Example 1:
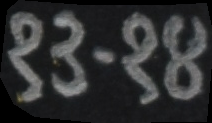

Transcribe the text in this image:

१३-१४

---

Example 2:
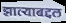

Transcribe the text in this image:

झात्याबद्दल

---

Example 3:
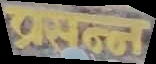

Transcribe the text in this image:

प्रसन्‍न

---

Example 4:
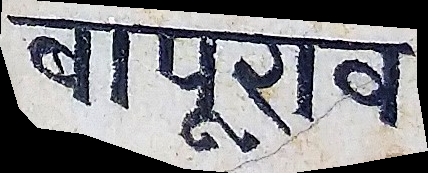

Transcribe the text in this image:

बापूराव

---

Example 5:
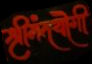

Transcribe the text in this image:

श्रीमंतयोगी